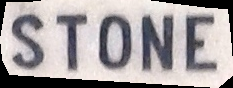
STONE